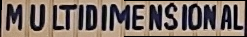
MULTIDIMENSIONAL